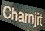
Chamjit